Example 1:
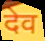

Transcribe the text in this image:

देव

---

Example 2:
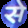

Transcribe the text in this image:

से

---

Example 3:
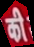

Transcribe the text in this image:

की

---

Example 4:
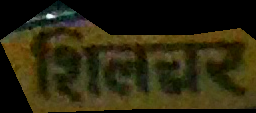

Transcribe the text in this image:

शिलचर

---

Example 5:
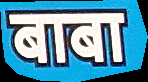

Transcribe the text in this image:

बाबा